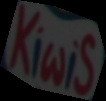
Kiwis